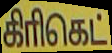
கிாிகெட்